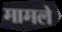
मामले